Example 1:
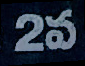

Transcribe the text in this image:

2వ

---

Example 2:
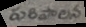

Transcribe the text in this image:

పరిపాలన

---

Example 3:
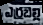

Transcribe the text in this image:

ఎర్రబెల్లి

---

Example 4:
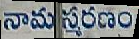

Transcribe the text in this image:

నామస్మరణం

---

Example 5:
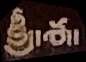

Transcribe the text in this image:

శ్రీ॥శ॥